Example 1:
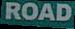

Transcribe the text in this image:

ROAD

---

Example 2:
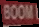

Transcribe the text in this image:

BOOM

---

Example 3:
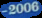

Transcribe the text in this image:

-2006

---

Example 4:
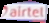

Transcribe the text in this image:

airtel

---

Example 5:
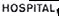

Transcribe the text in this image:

HOSPITAL,